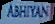
ABHIYAN